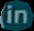
in